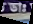
ডাঃ